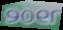
୨୦୧୮